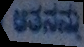
ಆತನನ್ಲು